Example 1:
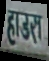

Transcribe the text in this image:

हाउस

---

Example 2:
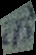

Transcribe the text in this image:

के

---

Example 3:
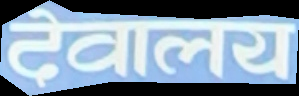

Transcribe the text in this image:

देवालय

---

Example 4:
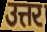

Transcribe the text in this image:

उत्तर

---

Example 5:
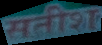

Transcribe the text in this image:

सतीश